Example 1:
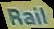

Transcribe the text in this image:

Rail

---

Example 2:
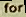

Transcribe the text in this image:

for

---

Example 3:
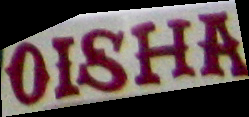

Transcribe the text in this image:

OISHA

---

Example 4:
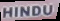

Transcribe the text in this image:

HINDU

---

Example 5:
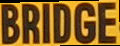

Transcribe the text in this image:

BRIDGE